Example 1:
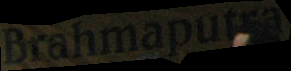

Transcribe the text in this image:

Brahmaputsa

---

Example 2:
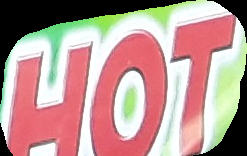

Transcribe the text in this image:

HOT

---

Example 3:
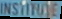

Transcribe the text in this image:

INSTITUTE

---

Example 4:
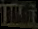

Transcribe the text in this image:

BALAJI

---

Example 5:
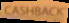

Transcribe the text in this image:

CASHBACK